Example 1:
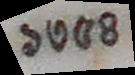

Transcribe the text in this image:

১৩৫৪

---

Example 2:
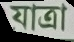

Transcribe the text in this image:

যাত্রা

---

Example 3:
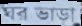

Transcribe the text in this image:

ঘর ভাড়া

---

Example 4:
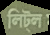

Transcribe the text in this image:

লিট্ল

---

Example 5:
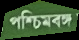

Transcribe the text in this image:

পশ্চিমবঙ্গ